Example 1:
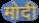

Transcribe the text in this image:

मोदी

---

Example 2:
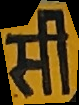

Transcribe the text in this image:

सी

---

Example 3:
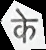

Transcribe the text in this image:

के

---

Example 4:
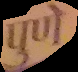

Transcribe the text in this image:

पुणे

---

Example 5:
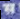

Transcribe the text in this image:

स